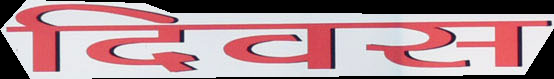
दिवस